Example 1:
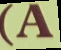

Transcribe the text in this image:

(A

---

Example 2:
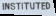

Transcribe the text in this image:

INSTITUTED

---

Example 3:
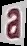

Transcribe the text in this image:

a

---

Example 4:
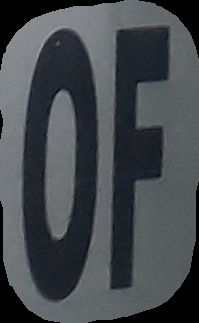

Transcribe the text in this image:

OF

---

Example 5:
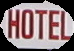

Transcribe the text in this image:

HOTEL